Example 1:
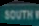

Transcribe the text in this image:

SOUTH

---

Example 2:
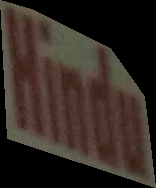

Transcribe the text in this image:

Hindu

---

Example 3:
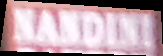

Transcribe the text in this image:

NANDINI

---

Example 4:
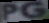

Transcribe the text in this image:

PG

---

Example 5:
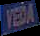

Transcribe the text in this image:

VEDA